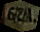
6/2/A,